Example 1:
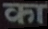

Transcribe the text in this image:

का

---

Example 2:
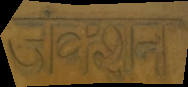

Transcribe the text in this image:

जंक्शन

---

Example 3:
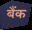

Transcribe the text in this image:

बैंक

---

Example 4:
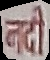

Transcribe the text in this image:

नदी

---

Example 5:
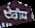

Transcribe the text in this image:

क्षेत्रीय